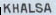
KHALSA